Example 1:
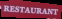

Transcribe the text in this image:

RESTAURANT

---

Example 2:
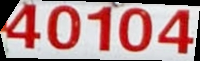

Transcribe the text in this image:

40104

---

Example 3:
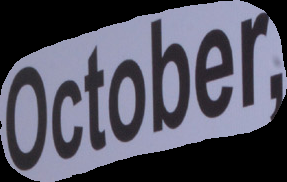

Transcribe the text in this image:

October,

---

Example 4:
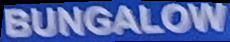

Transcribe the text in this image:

BUNGALOW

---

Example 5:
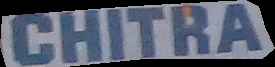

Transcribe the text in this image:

CHITRA